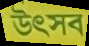
উৎসব